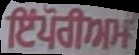
ਇੰਪੋਰੀਅਮ